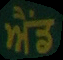
ਐਂਡ